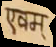
एवम्